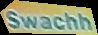
Swachh